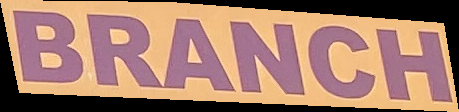
BRANCH